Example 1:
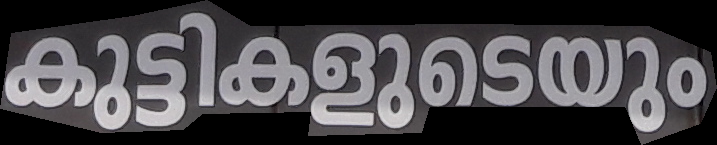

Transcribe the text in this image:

കുട്ടികളുടെയും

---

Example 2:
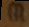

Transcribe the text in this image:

ന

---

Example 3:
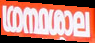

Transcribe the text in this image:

ഗ്രന്ഥശാല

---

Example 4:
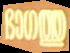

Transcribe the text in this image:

ഭാഗത്തു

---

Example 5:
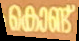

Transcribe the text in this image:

കൊണ്ട്